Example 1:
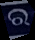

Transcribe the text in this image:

ର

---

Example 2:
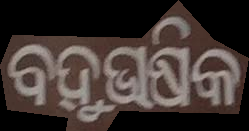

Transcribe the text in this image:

ବଦ୍ଧଭଷିକ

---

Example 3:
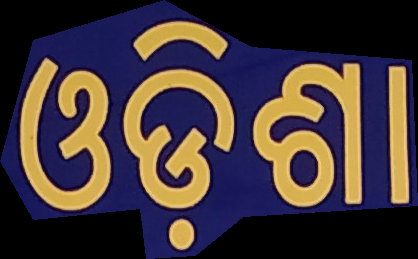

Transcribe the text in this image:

ଓଡ଼ିଶା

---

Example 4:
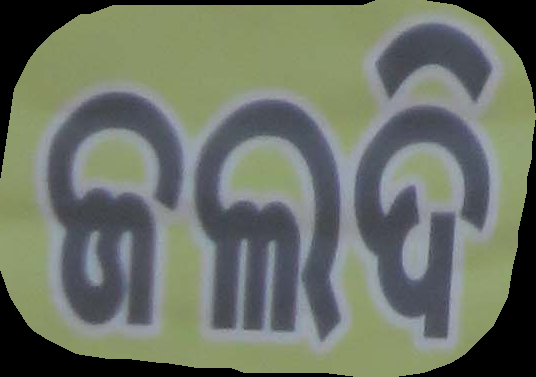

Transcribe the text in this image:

ଜଲଦି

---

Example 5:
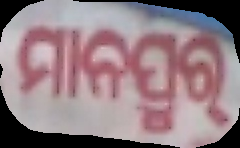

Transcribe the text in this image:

ମାନପୁର୍